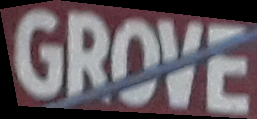
GROVE